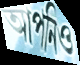
আপনিও